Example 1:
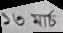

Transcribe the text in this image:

১৩মার্চ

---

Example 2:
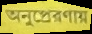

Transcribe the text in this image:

অনুপ্রেরণায়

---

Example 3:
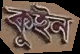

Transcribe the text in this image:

কুইন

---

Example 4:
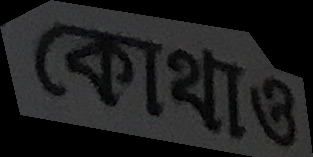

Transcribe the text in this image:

কোথাও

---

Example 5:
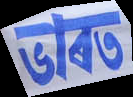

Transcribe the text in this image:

ভাৰত